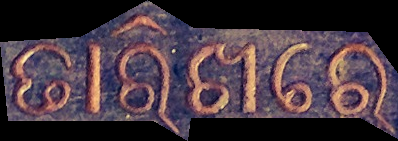
ତାରିଖରେ